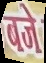
बजे